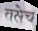
तसेच